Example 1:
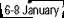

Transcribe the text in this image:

6-8January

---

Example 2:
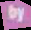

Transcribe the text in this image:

by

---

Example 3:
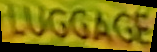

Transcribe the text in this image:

LUGGAGE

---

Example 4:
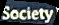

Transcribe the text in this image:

Society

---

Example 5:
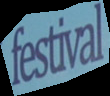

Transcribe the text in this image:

festival